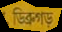
ডিব্ৰুগড়